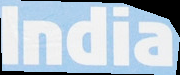
India